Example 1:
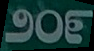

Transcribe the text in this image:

೨೦೯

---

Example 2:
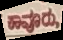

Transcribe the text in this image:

ಕಾವೂರು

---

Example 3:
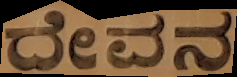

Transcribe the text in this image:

ದೇವನ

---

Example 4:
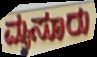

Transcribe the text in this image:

ಮ್ರಸೂರ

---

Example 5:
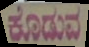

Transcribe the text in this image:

ಕೊಡುವ